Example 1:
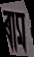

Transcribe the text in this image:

ৰাম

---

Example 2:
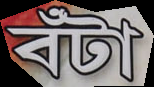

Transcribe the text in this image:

বঁটা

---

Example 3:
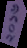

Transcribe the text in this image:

২০১৩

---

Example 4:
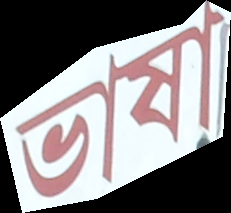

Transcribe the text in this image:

ভাষা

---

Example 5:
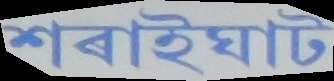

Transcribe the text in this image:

শৰাইঘাট